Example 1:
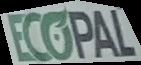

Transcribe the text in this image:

ECOPAL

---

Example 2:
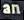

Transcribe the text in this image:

an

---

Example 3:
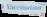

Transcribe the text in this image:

Vaccination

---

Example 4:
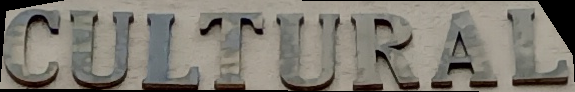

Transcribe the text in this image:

CULTURAL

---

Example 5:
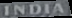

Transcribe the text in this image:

INDIA